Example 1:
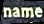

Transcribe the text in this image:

name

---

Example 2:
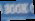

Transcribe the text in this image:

BOOK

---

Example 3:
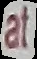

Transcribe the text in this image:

at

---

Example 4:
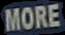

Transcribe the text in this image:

MORE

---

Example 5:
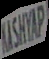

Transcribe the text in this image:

KASHYAP